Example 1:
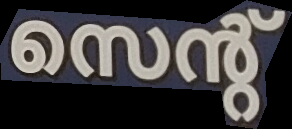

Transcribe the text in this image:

സെന്റ്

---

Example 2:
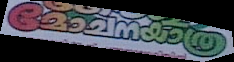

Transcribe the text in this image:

മോചനയാത്ര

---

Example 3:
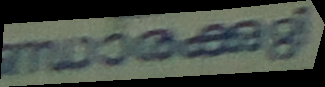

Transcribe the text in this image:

ന്ധാരക്കുട്ടി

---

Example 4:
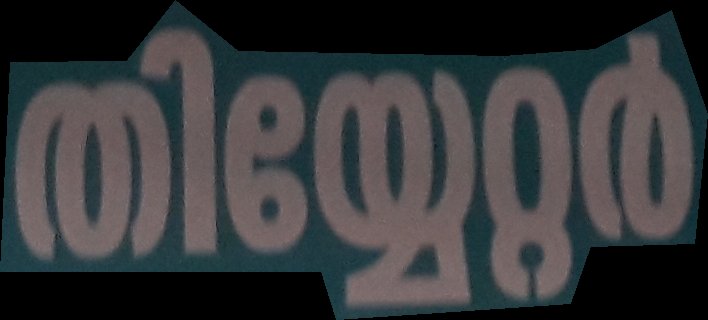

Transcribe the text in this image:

തിയ്യേറ്റർ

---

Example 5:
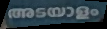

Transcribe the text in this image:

അടയാളം